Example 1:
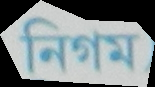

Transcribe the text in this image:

নিগম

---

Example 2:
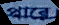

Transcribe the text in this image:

পারে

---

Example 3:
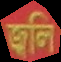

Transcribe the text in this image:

জ্বলি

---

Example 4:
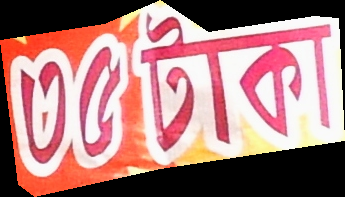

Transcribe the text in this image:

৩৫টাকা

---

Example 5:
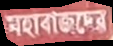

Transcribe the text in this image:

মহাৰাজদেৱ